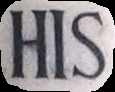
HIS